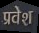
प्रवेश